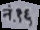
नं.१६